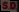
S.D